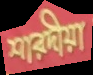
শারদীয়া